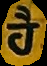
ਹੈ